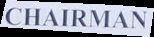
CHAIRMAN